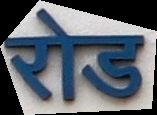
रोड